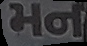
મન